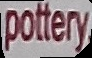
pottery